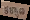
కళ్యాణ